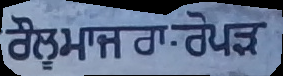
ਰੌਲੂਮਾਜਰਾਰੇਪੜ